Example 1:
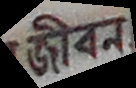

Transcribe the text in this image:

জীবন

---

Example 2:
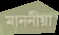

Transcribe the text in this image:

মাননীয়া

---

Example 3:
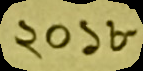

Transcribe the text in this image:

২০১৮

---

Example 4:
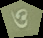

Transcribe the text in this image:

ও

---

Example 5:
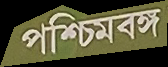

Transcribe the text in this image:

পশ্চিমবঙ্গ